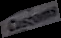
Customs